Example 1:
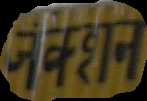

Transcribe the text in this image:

जंक्शन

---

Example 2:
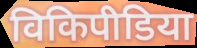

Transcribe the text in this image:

विकिपीडिया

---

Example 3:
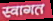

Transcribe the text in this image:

स्वागत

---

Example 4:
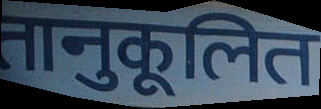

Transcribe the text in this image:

तानुकूलित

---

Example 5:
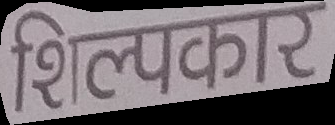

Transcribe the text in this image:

शिल्पकार